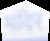
मदिर